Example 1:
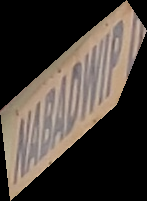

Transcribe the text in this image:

NABADWIP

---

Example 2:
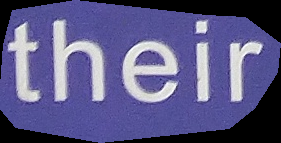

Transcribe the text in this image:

their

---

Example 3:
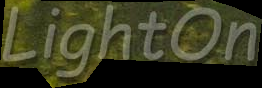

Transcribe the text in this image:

LightOn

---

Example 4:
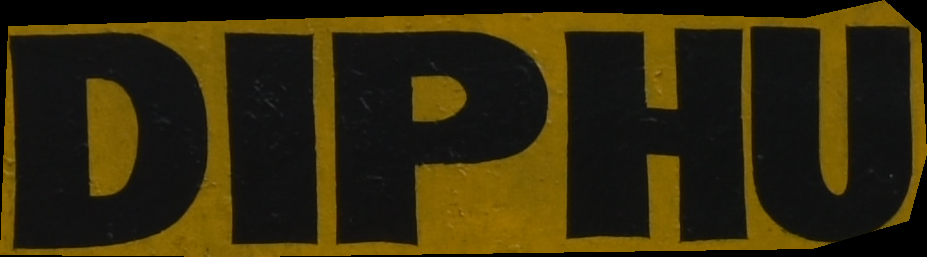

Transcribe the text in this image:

DIPHU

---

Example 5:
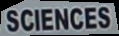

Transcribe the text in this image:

SCIENCES